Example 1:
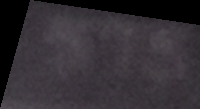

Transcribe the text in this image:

575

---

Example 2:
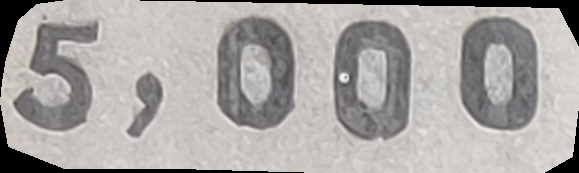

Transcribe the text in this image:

5,000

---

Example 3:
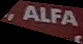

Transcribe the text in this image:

ALFA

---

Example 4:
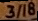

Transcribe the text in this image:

3/18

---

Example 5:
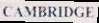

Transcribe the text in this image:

CAMBRIDGE